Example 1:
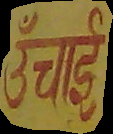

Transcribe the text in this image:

उँचाई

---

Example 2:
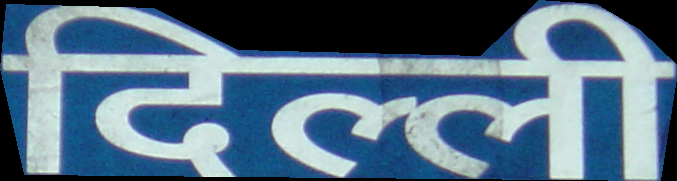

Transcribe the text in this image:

दिल्ली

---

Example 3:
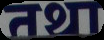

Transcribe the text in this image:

तथा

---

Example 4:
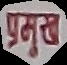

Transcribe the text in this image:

प्रमुख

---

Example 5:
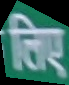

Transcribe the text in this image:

लिए